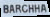
BARCHHA